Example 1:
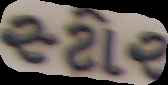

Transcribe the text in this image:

સ્ટોર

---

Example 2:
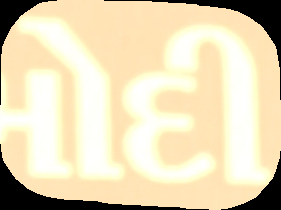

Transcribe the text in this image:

મોદી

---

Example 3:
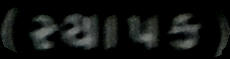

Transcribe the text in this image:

સ્થાપક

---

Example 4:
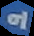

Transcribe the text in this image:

ન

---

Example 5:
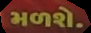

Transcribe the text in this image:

મળશે.